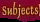
Subjects